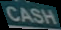
CASH